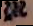
ટ્રસ્ટ